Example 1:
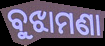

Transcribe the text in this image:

ବୁଝାମଣା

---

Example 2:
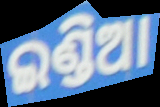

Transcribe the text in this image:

ଇଣ୍ଡିଆ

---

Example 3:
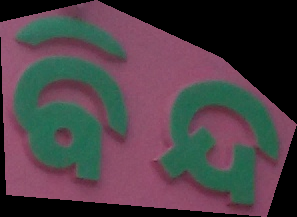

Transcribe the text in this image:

ବିନ୍ଦ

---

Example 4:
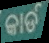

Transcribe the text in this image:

କାର୍ଡ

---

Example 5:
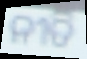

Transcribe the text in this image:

ନୀତି